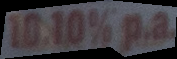
10.10%p.a.